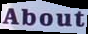
About